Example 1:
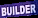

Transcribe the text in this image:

BUILDER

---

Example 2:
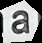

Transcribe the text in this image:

a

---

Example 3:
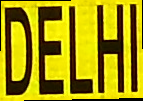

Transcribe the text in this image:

DELHI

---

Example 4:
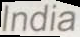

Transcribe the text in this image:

India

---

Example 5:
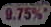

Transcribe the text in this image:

9.75%